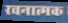
रचनात्मक